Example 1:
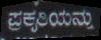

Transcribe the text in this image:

ಪ್ರಕೃತಿಯನ್ನು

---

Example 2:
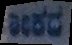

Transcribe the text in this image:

ಶೀಕದ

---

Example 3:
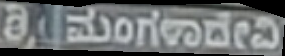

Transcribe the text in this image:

ಶ್ರೀ ಮಂಗಳಾದೇವಿ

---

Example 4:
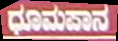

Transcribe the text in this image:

ಧೂಮಪಾನ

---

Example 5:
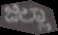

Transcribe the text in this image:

ಜಲ್ಲಾ